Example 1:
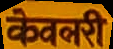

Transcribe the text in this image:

केवलरी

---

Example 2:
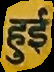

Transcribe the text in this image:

हुई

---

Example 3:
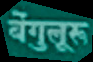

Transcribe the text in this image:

बेंगुलूरू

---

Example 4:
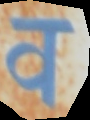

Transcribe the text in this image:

व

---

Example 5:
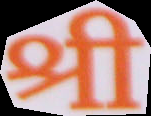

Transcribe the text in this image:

श्री